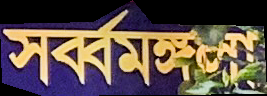
সর্ব্বমঙ্গলা